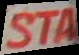
STA